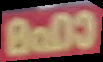
മഹാ